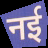
नई